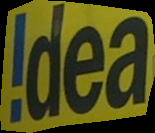
!dea